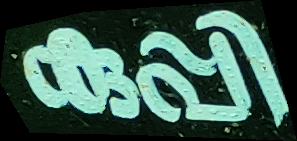
കുപ്പി